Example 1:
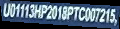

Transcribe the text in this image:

U01113HP2018PTC007215,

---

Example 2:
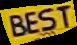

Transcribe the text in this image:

BEST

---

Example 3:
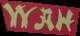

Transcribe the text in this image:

WAH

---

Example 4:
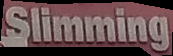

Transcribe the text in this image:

Slimming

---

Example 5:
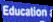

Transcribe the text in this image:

Education